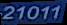
21011